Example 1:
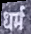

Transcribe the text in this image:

धर्म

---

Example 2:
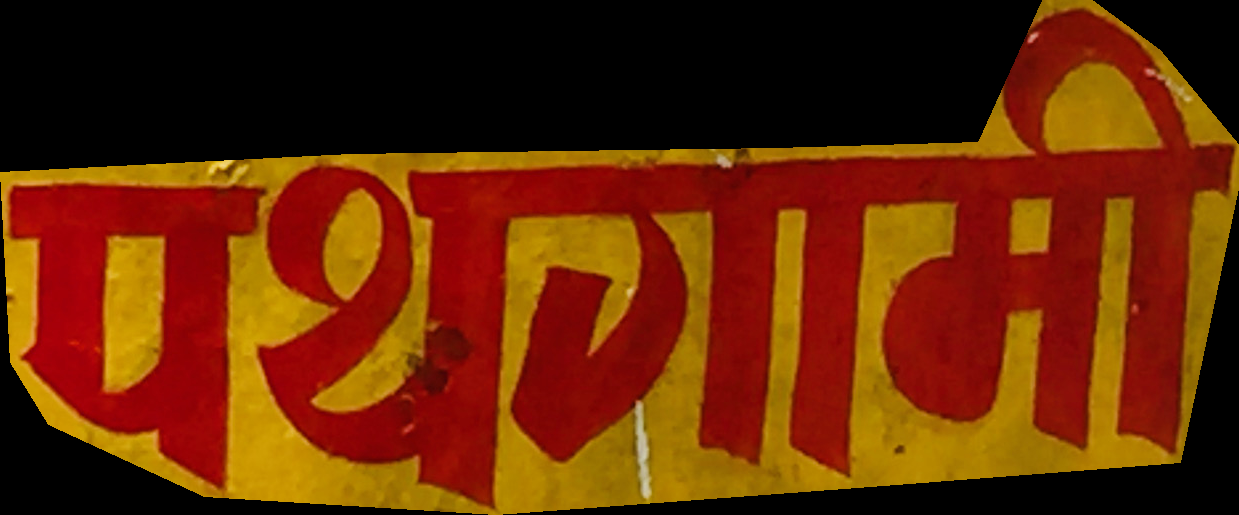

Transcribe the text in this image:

पथगामी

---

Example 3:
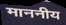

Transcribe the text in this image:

माननीय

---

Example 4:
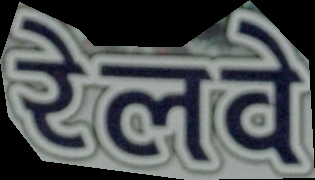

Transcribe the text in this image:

रेलवे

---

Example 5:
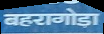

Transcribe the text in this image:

बहरागोड़ा